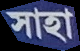
সাহা